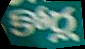
కోర్ల